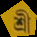
শ্রী